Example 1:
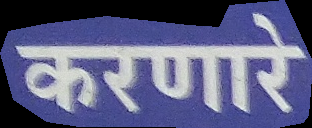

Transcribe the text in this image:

करणारे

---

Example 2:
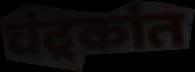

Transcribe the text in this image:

चंद्रकांत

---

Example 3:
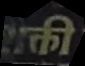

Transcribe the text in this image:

शक्ती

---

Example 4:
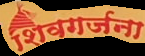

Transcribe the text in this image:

शिवगर्जना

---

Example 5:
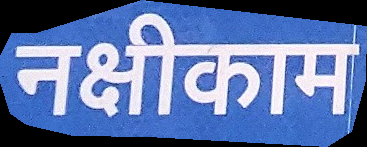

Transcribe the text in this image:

नक्षीकाम